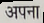
अपना